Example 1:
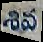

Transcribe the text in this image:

శివ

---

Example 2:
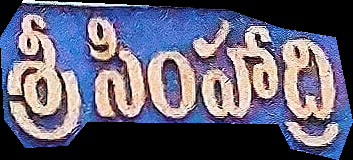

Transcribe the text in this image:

శ్రీ సింహాద్రి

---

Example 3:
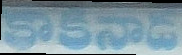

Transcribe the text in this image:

కాకనాడ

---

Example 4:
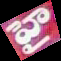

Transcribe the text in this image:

హై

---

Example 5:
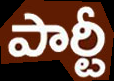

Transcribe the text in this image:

పార్టీ